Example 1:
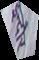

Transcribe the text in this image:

इन्दौर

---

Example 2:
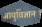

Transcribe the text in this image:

आयुर्विज्ञान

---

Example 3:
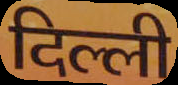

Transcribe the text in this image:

दिल्ली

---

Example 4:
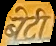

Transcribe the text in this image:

बेटी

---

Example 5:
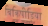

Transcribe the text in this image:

विकिपीडिया